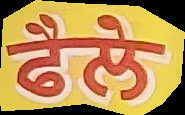
ਫੈਲੇ